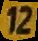
12